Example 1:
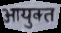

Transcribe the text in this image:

आयुक्त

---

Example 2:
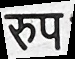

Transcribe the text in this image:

रुप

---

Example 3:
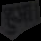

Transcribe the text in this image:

हुआ।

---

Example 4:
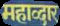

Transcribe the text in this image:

महाव्दर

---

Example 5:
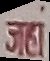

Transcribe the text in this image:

जहां